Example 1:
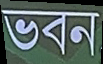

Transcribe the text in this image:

ভবন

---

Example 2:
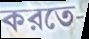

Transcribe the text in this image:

করতে-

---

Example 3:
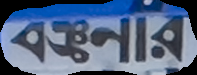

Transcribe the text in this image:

বঞ্জনার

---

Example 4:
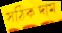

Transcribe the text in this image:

সঠিক দাম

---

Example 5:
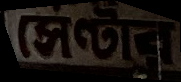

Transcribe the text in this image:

সেন্টার